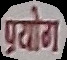
प्रयोग